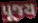
પૂજય